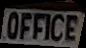
OFFICE